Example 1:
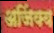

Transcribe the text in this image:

अजिंक्य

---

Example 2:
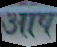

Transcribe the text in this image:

आप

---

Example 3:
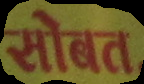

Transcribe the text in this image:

सोबत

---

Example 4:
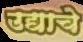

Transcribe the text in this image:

उद्याचे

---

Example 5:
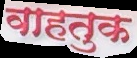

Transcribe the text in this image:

वाहतुक